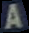
A